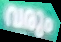
വരും